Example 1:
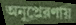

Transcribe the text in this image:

অনূপ্রেরণায়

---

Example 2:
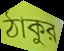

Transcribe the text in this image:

ঠাকুর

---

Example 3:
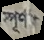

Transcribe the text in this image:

সম্পূর্ণ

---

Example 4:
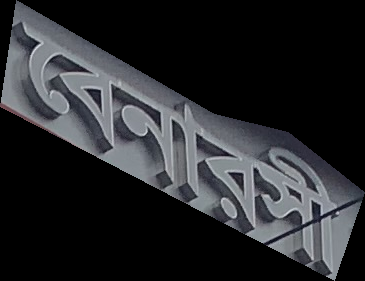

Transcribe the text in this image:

বেনারসী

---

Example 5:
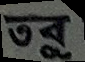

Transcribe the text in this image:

তবু